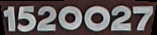
1520027